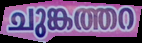
ചുങ്കത്തറ